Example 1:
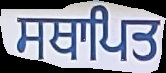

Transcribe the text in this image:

ਸਥਾਪਿਤ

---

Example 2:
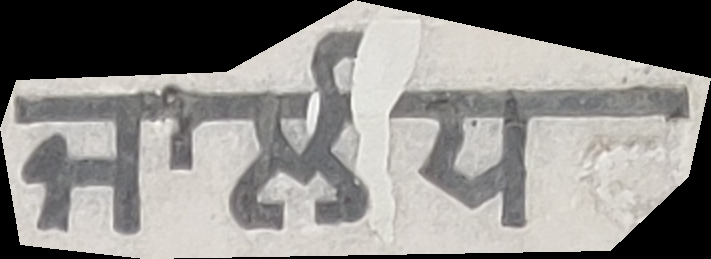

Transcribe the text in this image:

ਜਾਲੰਧਰ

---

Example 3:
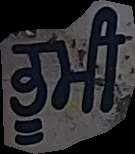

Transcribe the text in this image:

ਭੂਮੀ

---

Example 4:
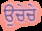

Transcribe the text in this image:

ਉਚੇਚੇ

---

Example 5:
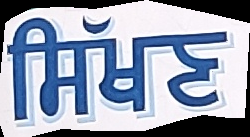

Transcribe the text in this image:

ਸਿੱਖਣ